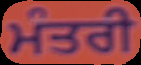
ਮੰਤਰੀ